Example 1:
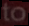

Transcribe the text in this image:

to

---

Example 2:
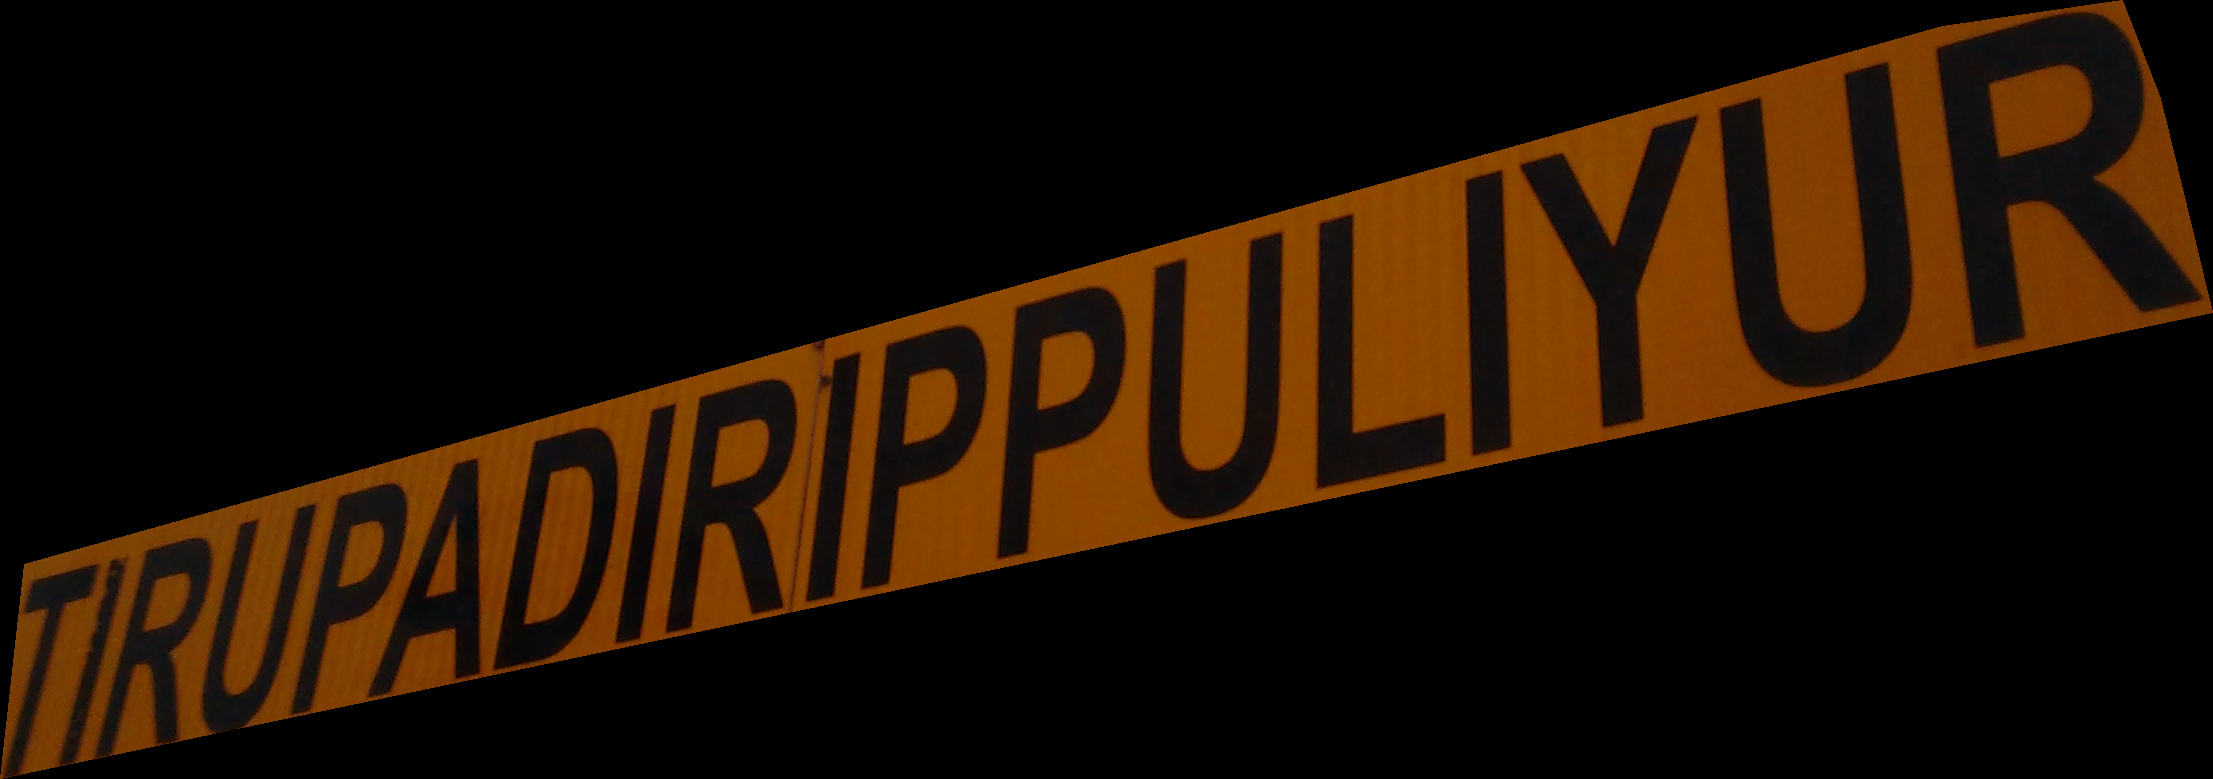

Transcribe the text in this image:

TIRUPADIRIPPULIYUR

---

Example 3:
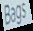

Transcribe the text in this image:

Bags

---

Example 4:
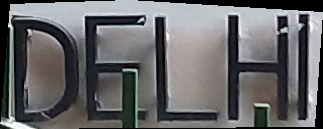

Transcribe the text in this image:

DELHI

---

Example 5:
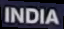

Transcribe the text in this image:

INDIA